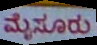
ಮೈಸೂರು